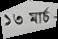
১৩মার্চ